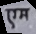
एम